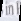
in